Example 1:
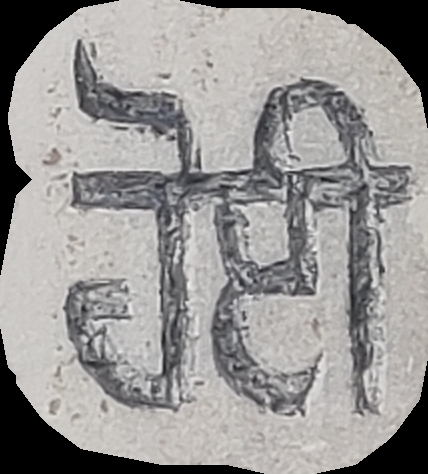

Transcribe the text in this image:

ਹੋਈ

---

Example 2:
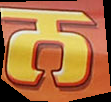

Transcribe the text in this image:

ਨ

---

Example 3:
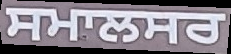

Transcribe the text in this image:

ਸਮਾਲਸਰ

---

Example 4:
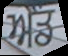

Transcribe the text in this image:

ਐਂਡ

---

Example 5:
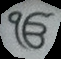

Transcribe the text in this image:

ੴ